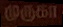
முருகா